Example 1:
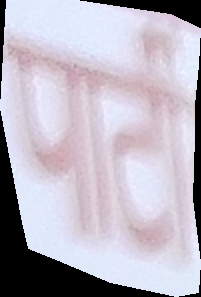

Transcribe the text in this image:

पार्टी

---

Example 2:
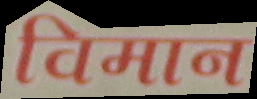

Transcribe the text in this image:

विमान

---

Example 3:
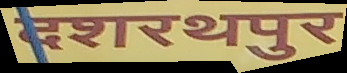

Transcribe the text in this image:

दशरथपुर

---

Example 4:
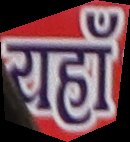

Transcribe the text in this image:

यहाँ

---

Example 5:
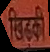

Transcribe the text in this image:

खिड़की